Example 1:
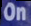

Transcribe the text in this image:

On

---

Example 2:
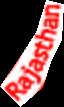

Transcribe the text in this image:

Rajasthan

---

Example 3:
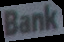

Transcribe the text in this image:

Bank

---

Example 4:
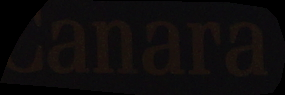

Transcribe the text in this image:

Canara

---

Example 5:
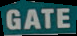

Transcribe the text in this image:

GATE